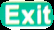
Exit